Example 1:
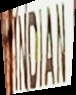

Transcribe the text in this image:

INDIAN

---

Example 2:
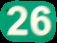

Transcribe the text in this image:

26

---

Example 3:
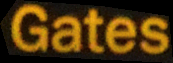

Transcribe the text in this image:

Gates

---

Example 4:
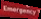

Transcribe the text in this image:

Emergency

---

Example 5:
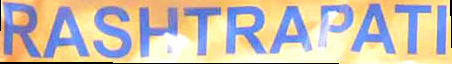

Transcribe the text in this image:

RASHTRAPATI